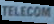
TELECOM